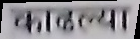
काढल्या